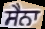
ਸੈਨਾ